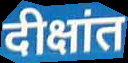
दीक्षांत